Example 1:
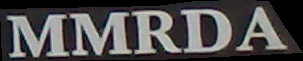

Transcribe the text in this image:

MMRDA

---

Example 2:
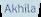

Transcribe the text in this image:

Akhila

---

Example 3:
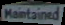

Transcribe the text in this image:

Maintained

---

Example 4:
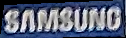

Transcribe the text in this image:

SAMSUNG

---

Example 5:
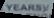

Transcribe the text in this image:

YEARSY